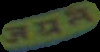
जयते